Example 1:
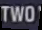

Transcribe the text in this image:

TWO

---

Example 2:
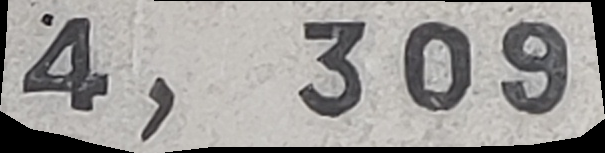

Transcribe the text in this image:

4,309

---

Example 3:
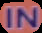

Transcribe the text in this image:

IN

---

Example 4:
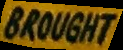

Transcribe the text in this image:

BROUGHT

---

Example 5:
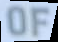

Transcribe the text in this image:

OF